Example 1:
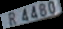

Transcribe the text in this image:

R4480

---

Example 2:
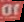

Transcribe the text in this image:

Of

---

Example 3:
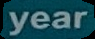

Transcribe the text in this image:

year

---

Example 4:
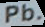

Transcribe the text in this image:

Pb.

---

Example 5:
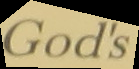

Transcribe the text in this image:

God